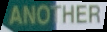
ANOTHER